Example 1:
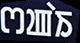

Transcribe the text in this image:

ꯁꯉꯥꯏ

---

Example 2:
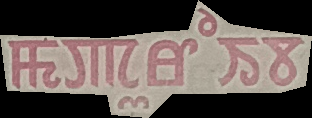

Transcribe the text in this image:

ꯃꯄꯨꯔꯣꯏꯕ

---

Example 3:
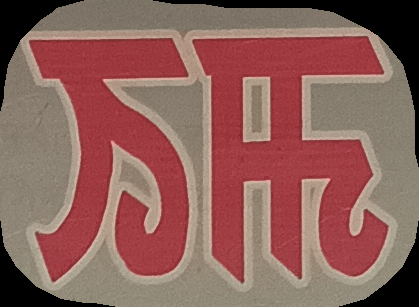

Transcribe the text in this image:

ꯏꯃ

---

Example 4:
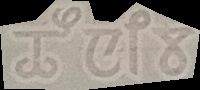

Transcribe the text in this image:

ꯊꯧꯅꯤꯕ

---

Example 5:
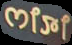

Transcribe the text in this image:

ꯁꯤꯇꯤ